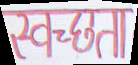
स्वच्छता